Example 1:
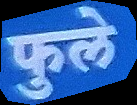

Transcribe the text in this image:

फुले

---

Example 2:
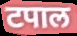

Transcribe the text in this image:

टपाल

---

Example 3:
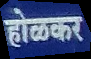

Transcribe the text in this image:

होळकर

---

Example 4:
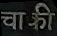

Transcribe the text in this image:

चाकी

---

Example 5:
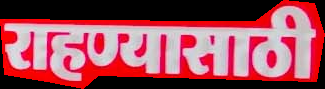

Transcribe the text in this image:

राहण्यासाठी